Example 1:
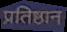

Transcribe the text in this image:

प्रतिष्ठान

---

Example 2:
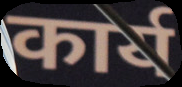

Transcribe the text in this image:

कार्य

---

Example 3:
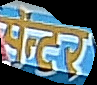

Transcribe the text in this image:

सेन्टर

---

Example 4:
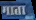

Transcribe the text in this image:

माता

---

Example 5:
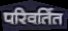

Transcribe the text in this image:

परिवर्तित